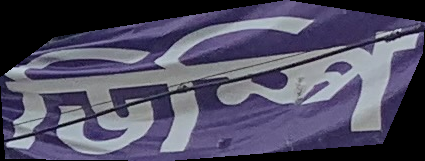
ডিম্পি